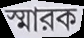
স্মারক